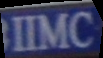
IIMC